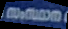
സംസ്ഥാ‍ന